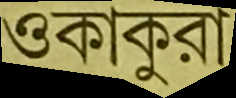
ওকাকুরা